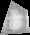
के